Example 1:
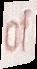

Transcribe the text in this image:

of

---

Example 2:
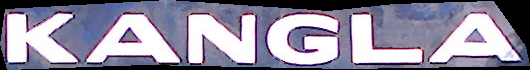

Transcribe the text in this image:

KANGLA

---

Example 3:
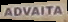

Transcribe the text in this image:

ADVAITA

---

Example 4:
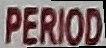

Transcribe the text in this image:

PERIOD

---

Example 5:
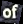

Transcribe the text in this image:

of